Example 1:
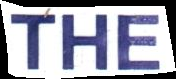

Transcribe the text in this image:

THE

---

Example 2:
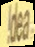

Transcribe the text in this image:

idea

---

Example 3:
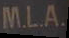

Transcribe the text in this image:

M.L.A.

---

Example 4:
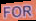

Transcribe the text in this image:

FOR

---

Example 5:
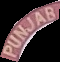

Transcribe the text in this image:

PUNJAB